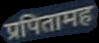
પ્રવિતામહ